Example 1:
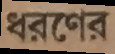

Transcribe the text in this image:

ধরণের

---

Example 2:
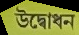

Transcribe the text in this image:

উদ্বোধন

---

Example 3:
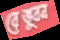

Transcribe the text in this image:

৫ ভুৰৰ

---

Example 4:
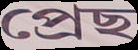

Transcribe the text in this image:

প্ৰেছ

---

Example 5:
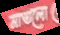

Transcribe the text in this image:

মাখলো